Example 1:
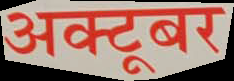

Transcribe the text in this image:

अक्टूबर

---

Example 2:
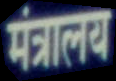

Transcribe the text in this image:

मंत्रालय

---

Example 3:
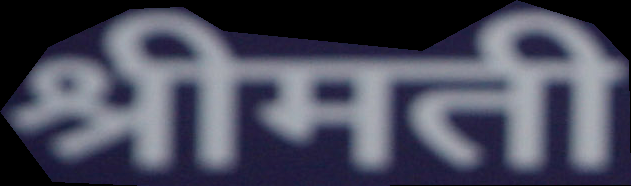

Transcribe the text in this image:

श्रीमती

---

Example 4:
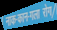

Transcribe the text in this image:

नाक-कान-गला रोग/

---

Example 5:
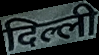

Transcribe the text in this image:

दिल्ली